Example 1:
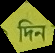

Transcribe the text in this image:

দিন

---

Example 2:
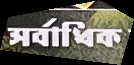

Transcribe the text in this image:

সর্বাধিক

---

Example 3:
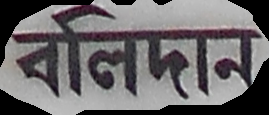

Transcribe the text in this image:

বলিদান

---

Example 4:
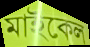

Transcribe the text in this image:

মাইকেল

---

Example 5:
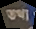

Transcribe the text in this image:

তথ্য